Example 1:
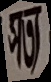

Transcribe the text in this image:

সত্য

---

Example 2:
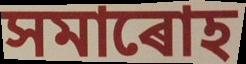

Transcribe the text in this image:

সমাৰোহ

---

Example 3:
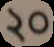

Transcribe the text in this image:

২০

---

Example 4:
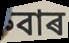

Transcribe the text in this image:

বাৰ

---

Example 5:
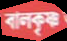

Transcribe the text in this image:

বালকৃষ্ণ